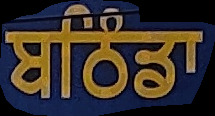
ਬਠਿੰਡਾ